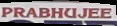
PRABHUJEE